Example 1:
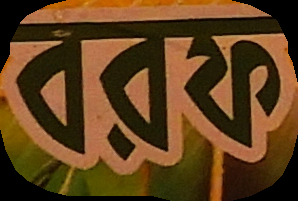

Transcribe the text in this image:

বরফ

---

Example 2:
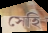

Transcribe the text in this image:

সেহি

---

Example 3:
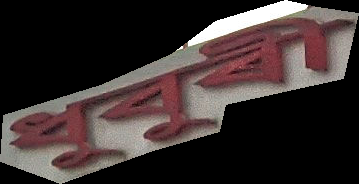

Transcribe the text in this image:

ধুবুৰী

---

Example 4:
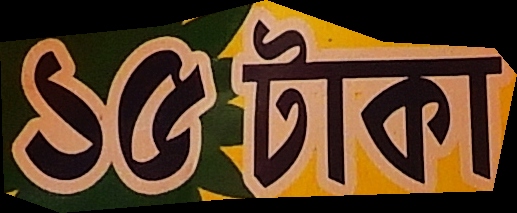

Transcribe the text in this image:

১৫টাকা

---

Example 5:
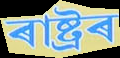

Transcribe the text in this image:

ৰাষ্ট্ৰৰ